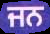
ਜਨ